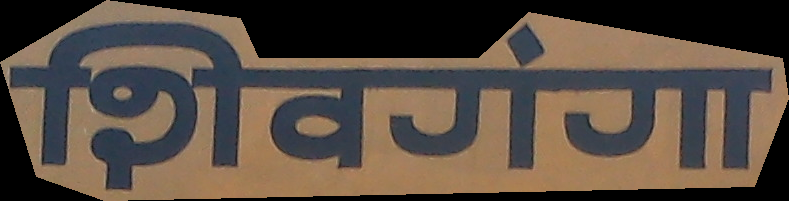
शिवगंगा